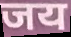
जय